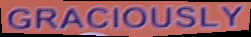
GRACIOUSLY